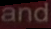
and